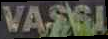
VASSI